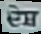
ਦੇਥ